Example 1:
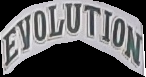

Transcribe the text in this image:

EVOLUTION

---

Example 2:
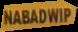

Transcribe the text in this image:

NABADWIP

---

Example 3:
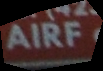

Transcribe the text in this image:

AIRF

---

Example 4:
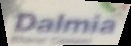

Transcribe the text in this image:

Dalmia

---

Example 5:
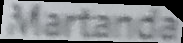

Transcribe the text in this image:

Martanda